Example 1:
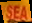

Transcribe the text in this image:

SEA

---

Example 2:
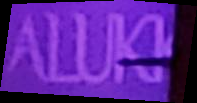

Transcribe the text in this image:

ALUKK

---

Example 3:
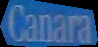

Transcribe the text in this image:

Canara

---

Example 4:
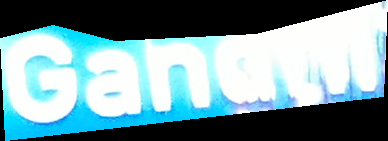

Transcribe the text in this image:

Ganden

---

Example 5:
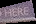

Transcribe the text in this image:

HERE